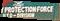
PROTECTIONFORCE